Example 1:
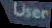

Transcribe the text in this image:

User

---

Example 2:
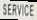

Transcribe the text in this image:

SERVICE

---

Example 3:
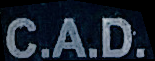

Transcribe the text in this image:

C.A.D.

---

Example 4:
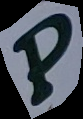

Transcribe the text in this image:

P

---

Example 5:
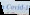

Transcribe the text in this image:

Covid-1